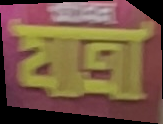
যাত্রা